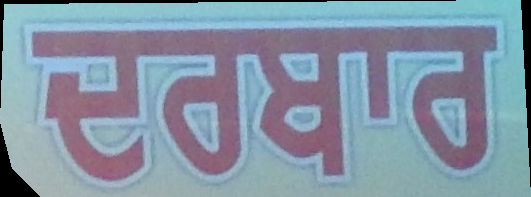
ਦਰਬਾਰ